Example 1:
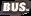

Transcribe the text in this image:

BUS.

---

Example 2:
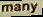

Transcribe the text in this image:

many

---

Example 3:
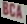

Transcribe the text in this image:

BCA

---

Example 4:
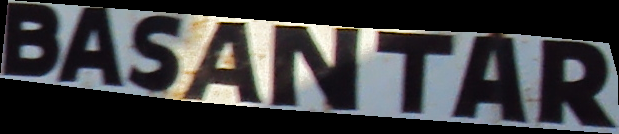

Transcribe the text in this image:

BASANTAR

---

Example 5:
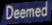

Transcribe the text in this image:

Deemed